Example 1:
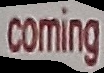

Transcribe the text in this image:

coming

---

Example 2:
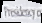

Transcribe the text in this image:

Presidency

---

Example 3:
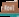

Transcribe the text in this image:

Real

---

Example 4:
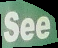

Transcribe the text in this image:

See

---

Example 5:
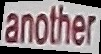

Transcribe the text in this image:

another